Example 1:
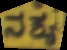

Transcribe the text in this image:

ನಶ್ಯ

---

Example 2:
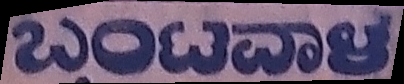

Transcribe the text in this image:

ಬಂಟವಾಳ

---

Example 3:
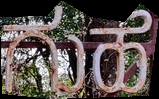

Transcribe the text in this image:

ಗುಹ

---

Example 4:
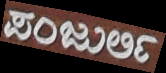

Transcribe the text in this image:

ಪಂಜುಅ೯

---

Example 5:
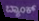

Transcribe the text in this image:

ಬ್ಯಾಂಕ್